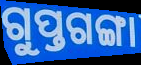
ଗୁପ୍ତଗଙ୍ଗା